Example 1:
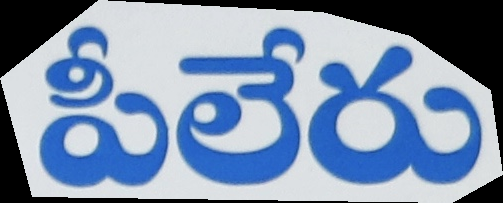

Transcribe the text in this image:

పీలేరు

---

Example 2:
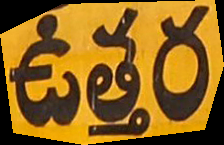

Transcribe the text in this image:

ఉత్తర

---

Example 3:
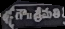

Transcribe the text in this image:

గౌ|| శ్రీమతి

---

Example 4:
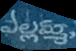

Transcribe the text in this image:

ఎల్లమ్మ,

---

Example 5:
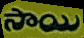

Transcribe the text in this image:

సాయి